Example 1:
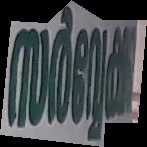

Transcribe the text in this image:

സർ‌വ്വേഷ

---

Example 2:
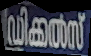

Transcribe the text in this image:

(ഡിക്കൽസ്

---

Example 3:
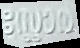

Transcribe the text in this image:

സ്ലൊവ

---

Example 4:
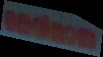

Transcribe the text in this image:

മേൻമാത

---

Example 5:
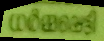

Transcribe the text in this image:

ധർമ്മലെടി